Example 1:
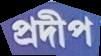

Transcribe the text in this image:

প্রদীপ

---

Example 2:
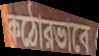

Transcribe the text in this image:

কঠোরভাবে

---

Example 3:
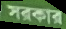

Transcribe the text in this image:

সরকার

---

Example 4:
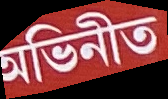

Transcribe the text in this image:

অভিনীত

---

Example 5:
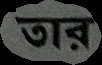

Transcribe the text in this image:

তার